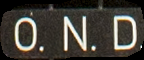
O.N.D.